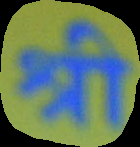
श्री